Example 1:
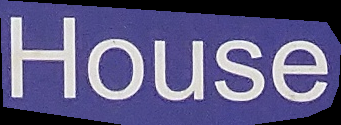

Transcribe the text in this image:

House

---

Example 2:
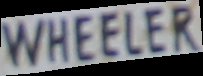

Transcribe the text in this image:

WHEELER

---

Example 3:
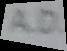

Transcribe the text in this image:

AD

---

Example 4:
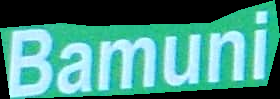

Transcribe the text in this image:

Bamuni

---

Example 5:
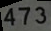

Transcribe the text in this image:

473